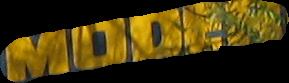
MODEN